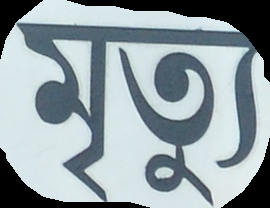
মৃত্যু